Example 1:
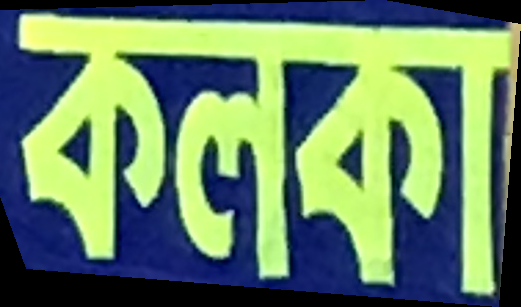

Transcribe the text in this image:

কলকা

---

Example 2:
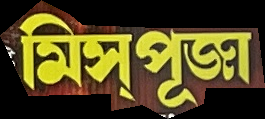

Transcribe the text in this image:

মিস্ পূজা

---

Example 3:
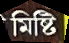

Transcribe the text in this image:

মিষ্টি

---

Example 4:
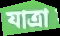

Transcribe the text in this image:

যাত্রা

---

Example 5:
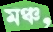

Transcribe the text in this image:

মঞ্চ,